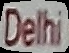
Delhi